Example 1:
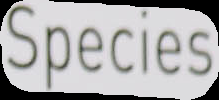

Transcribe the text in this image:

Species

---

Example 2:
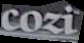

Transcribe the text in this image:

cozi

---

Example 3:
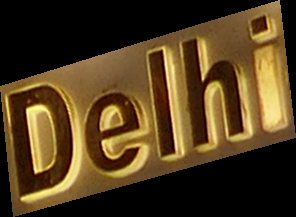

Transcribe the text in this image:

Delhi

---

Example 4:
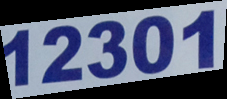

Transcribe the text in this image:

12301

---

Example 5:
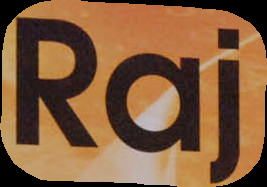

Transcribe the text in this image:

Raj